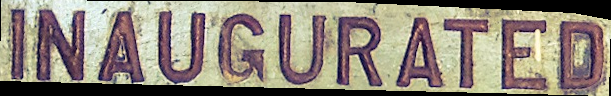
INAUGURATED